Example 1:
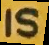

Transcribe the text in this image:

IS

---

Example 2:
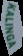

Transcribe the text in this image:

KALINGA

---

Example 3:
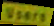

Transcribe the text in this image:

Users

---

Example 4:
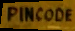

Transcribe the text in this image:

PINCODE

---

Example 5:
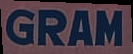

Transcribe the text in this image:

GRAM